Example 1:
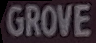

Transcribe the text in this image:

GROVE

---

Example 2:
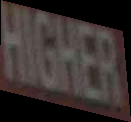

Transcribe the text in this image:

HIGHER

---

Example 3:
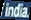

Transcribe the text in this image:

india.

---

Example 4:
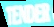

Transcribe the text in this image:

TENDER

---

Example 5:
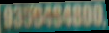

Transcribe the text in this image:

9350484800.